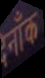
दनाँक